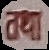
तथा